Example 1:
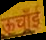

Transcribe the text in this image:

ऊचॉई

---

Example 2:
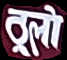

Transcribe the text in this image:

ठूलो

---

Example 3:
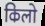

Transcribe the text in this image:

किलो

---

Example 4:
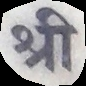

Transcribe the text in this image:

श्री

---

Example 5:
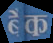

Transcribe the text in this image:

बैंक